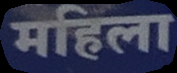
महिला